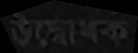
উদ্বোধক